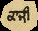
ਕਾਜੀ